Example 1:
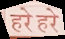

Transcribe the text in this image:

हरे हरे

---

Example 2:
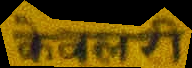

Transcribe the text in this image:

केवलरी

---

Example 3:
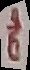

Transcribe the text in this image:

है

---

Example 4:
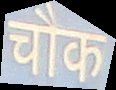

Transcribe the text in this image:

चौक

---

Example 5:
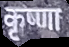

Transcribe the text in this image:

कृष्णा